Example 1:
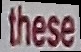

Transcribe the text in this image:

these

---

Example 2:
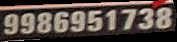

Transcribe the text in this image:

9986951738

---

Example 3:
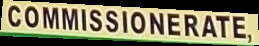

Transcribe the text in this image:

COMMISSIONERATE,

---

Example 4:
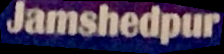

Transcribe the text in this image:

Jamshedpur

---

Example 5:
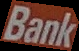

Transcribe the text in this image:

Bank